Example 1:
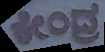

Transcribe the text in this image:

ಕೇಂದ್ರ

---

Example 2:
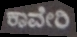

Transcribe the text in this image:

ಕಾವೇರಿ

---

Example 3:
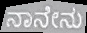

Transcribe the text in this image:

ನಾನೇನು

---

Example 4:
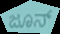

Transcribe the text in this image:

ಜೂನ್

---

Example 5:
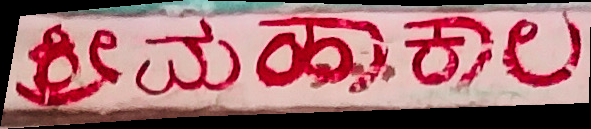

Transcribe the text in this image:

ಆಮಹಾಕಾಲ